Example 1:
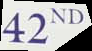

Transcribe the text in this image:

42ND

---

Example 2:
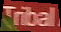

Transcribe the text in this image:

ribal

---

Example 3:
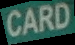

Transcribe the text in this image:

CARD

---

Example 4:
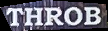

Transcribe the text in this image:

THROB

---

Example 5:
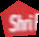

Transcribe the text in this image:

Shri